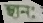
স্থান: